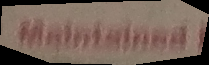
Maintained